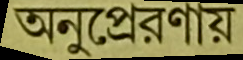
অনুপ্রেরণায়